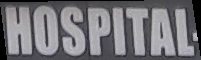
HOSPITAL